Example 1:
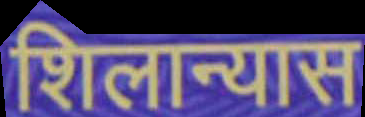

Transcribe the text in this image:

शिलान्यास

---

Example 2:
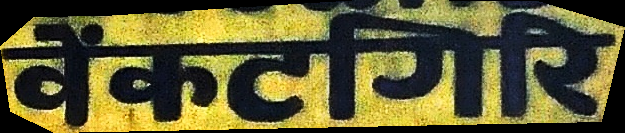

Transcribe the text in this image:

वेंकटगिरि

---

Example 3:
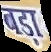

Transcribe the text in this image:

बडा़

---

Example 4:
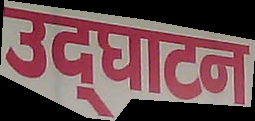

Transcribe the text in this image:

उद्घाटन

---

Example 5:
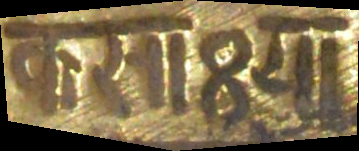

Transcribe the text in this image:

कसा 8 या